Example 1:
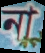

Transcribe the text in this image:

না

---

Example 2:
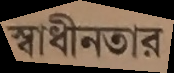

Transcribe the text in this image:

স্বাধীনতার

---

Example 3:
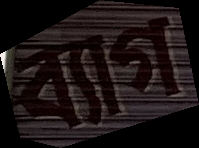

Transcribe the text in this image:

ব্যাগ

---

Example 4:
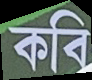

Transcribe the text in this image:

কবি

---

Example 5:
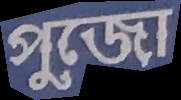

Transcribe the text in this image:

পুজো